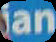
jan